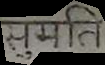
सुमति